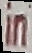
in